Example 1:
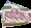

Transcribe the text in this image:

हार्दिक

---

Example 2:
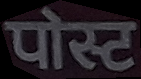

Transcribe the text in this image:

पोस्ट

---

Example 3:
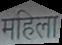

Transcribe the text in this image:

महिला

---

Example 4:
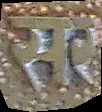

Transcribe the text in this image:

सर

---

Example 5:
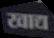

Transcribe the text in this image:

खाद्य